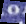
O